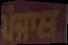
ਪੰਜਾਲ